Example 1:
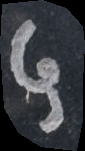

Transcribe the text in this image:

५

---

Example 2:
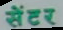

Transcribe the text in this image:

सेंटर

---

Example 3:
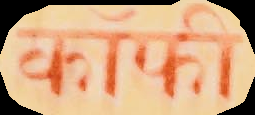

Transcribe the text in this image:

कॉफी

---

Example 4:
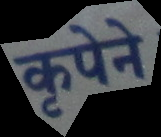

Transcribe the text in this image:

कृपेने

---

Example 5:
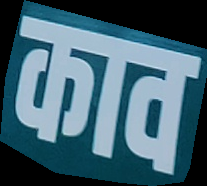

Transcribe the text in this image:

काव